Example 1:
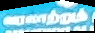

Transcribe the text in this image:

வரலாற்றின்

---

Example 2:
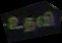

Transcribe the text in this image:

உதவி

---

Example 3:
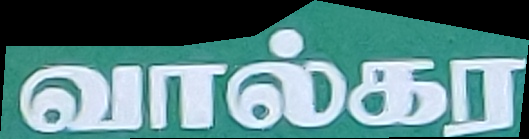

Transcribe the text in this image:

வால்கர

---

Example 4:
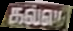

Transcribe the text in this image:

கல்எ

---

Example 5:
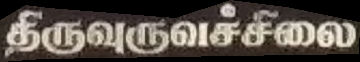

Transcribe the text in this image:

திருவுருவச்சிலை